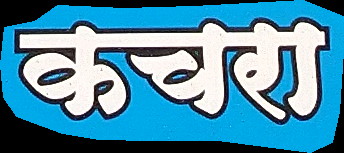
कचरा